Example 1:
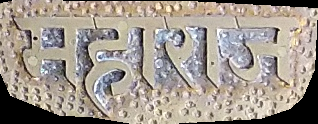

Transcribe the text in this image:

महाराज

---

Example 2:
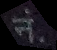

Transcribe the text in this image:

नं.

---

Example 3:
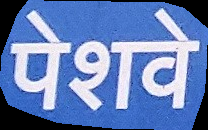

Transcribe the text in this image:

पेशवे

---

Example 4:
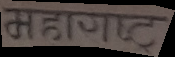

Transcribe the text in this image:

महाराष्ट्र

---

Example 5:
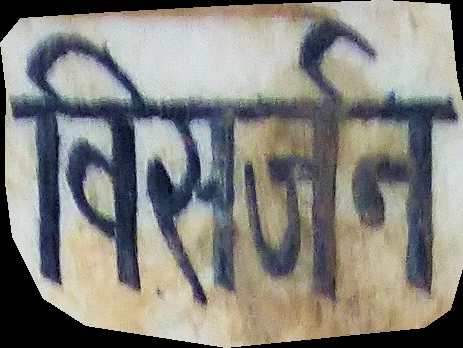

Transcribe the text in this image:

विसर्जन